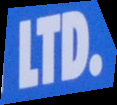
LTD.